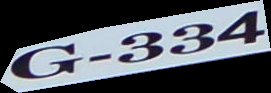
G-334